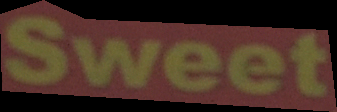
Sweet